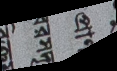
বরসদৃত প্রাণাঃ